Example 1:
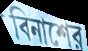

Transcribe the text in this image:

বিনাশের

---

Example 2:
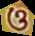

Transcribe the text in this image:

ও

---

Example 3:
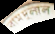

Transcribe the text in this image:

রাম দুলাল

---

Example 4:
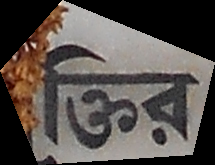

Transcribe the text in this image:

ক্তির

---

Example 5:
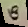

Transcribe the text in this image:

ও